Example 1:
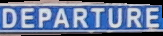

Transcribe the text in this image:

DEPARTURE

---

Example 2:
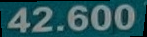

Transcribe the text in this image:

42.600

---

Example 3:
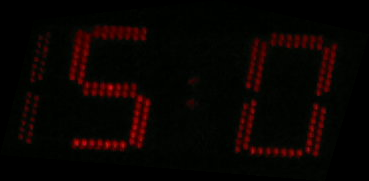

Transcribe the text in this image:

15:0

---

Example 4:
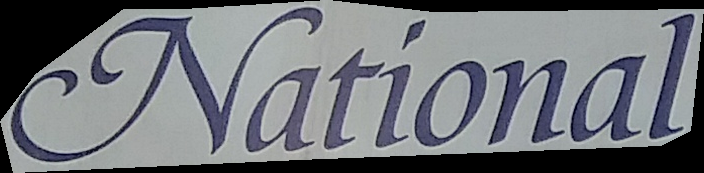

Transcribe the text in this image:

National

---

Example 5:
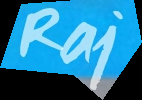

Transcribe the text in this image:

Raj